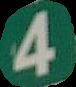
4